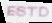
ESTD